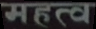
महत्व